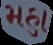
મહા